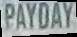
PAYDAY